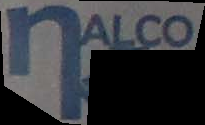
nALCO